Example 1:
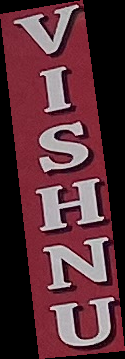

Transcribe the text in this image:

VISHNU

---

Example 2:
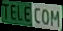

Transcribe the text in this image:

TELECOM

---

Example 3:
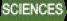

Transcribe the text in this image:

SCIENCES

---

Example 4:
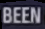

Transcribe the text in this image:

BEEN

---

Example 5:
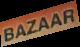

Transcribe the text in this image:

BAZAAR